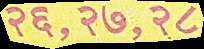
२६, २७, २८